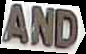
AND